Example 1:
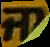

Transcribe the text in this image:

ਜਾ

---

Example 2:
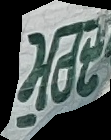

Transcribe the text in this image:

ਮੁਰਦ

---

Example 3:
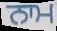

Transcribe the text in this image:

ਨਾਮ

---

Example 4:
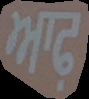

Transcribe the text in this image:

ਆਫ਼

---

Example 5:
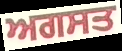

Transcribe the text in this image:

ਅਗਸਤ